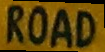
ROAD